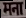
मना